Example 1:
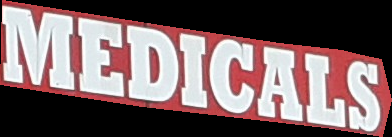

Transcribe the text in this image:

MEDICALS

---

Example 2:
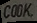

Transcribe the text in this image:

COOK,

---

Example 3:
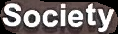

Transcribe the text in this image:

Society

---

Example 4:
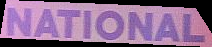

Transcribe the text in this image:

NATIONAL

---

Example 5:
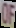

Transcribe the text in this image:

OF